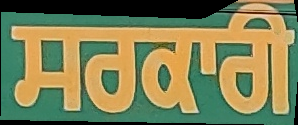
ਸਰਕਾਰੀ